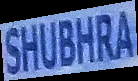
SHUBHRA